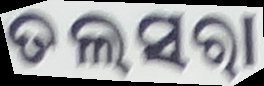
ତଲସରା